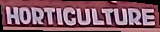
HORTICULTURE